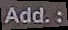
Add.: